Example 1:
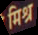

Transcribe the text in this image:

मि‍श्र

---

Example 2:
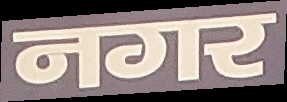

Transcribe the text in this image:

नगर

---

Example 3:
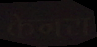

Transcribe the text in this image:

केनरा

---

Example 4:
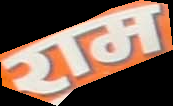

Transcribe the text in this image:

राम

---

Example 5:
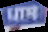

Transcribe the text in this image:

धाम